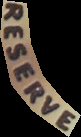
RESERVE